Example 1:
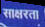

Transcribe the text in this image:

साक्षरता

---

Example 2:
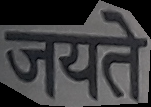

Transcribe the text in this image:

जयते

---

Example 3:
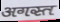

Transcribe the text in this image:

अगस्त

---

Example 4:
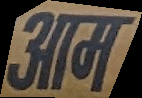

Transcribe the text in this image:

आम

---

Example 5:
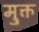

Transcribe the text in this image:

मुक्त